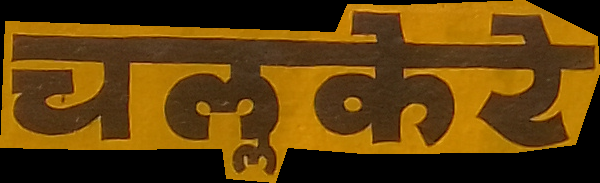
चल्लकेरे